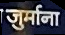
जुर्माना